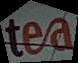
tea